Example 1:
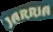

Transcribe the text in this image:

JARRIA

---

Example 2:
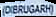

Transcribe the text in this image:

(DIBRUGARH)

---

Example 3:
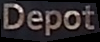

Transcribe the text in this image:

Depot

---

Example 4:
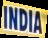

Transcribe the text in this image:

INDIA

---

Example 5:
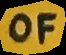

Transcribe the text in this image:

OF